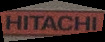
HITACHI